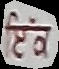
ਇੱਕ